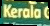
Kerala